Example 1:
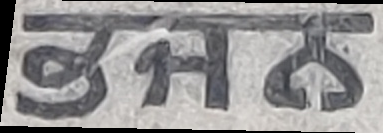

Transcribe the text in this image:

ਭਜਨ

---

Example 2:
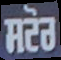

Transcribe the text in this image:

ਸਟੋਰ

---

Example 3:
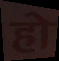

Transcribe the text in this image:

ਏ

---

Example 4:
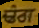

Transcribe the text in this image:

ਢੰਗ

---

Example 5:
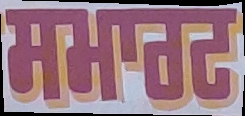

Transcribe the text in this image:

ਸਮਾਰਫ